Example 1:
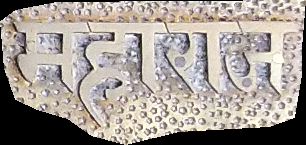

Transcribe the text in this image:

महाराज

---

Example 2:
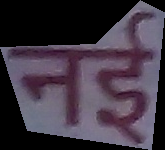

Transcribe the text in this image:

नई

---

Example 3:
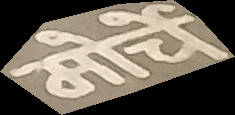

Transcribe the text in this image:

मोर्चें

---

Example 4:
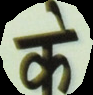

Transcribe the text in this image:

के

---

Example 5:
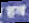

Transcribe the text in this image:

हम